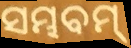
ସମ୍ଭବମ୍